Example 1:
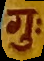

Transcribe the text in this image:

गु:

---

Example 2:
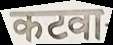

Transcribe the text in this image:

कटवा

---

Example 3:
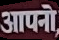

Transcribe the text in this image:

आपनो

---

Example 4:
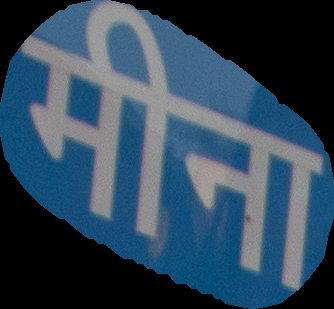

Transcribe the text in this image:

मीना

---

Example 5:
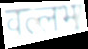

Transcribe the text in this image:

वल्‍लभ